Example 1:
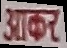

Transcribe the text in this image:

आकर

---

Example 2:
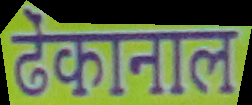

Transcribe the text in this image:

ढेंकानाल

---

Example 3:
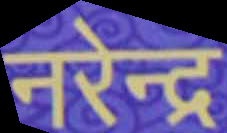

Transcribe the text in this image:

नरेन्द्र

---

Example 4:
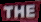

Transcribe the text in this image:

५५६।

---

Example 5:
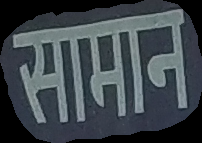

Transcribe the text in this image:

सामान